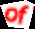
of